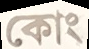
কোং